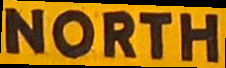
NORTH